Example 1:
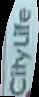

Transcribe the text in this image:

CityLife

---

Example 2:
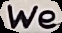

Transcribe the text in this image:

We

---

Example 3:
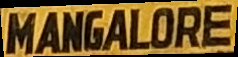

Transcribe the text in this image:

MANGALORE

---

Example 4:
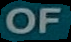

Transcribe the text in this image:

OF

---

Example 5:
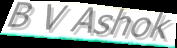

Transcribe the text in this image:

BVAshok